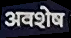
अवशेष